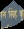
न सिंह कु